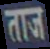
ताज